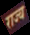
राज्य